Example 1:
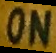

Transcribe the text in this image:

ON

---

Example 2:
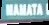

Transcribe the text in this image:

MAMATA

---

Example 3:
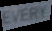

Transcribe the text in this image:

EVERY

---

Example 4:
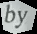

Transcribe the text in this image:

by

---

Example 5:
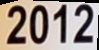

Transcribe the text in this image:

2012